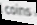
coins